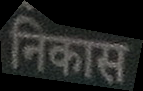
निकास